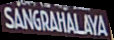
SANGRAHALAYA